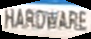
HARDWARE